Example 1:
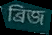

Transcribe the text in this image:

ব্রিজ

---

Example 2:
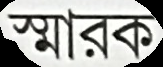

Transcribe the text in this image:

স্মারক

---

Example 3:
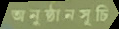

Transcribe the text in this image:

অ নু ষ্ঠা ন সূ চি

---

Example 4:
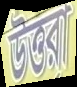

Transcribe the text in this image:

উত্তরা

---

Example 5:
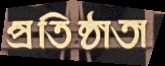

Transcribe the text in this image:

প্রতিষ্ঠাতা